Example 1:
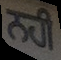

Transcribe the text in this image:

ਨਹੀ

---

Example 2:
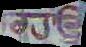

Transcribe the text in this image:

ਰਹਾਉ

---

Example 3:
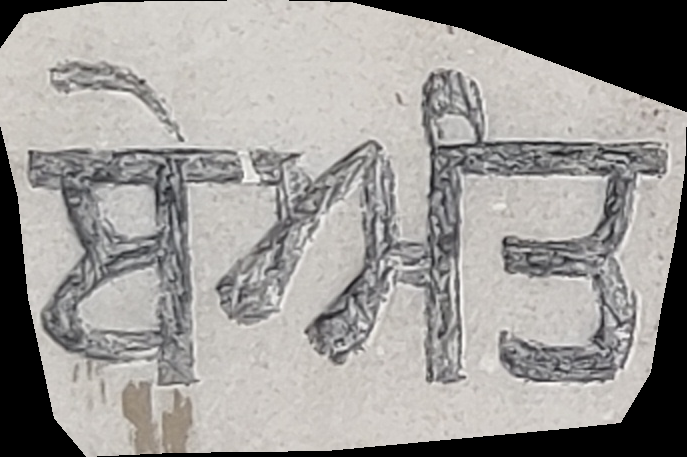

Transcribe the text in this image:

ਬੇਅੰਤ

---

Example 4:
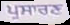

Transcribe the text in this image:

ਪ੍ਰਸਾਰਣ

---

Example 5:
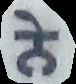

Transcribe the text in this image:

ਨੇ